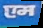
एम